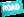
ROAD